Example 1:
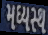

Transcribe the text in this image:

મઘ્યસ્થ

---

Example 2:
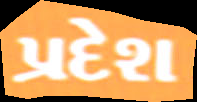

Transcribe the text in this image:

પ્રદેશ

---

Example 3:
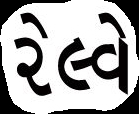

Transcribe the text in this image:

રેલ્વે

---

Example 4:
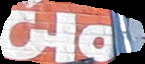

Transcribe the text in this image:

બન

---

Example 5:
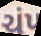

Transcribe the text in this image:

ચંપ